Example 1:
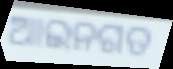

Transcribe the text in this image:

ଆଇନଗତ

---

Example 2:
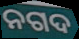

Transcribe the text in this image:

ନଗଦ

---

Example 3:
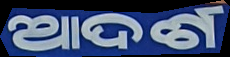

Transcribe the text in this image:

ଆଦର୍ଶ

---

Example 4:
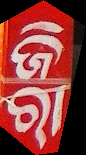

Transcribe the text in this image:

ଜିରା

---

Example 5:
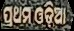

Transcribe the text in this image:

ପ୍ରଥମ ଓଡ଼ିଆ